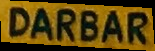
DARBAR